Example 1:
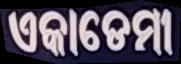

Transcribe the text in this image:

ଏକାଡେମୀ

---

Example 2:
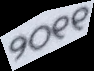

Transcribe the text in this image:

୨୦୧୧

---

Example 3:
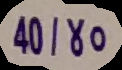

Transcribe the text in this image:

40/४०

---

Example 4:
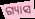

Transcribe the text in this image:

ଗ୍ଯାପ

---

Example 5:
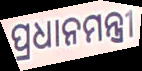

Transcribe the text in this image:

ପ୍ରଧାନମନ୍ତ୍ରୀ